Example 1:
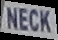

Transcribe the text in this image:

NECK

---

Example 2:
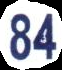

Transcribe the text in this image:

84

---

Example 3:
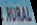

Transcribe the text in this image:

RURAL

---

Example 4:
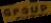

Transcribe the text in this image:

GPOUP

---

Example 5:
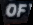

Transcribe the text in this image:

OF